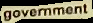
government